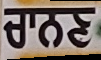
ਚਾਨਣ